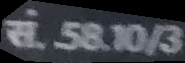
सं. 58.10/3